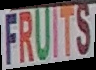
FRUITS